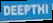
DEEPTHI